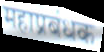
महाप्रबंधक